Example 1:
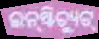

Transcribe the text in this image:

ଇନ୍‌ଷ୍ଟିଚ୍ୟୁଟ୍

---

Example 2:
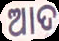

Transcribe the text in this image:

ଆଦ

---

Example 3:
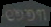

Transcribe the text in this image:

୧୬୬୩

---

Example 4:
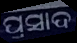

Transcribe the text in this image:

ପ୍ରସାଦ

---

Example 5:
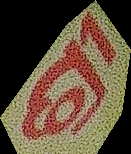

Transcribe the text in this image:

ଶ୍ରୀ